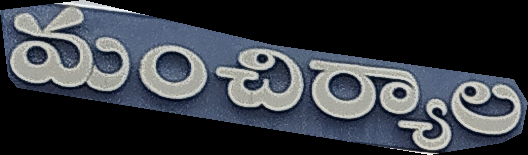
మంచిర్యాల